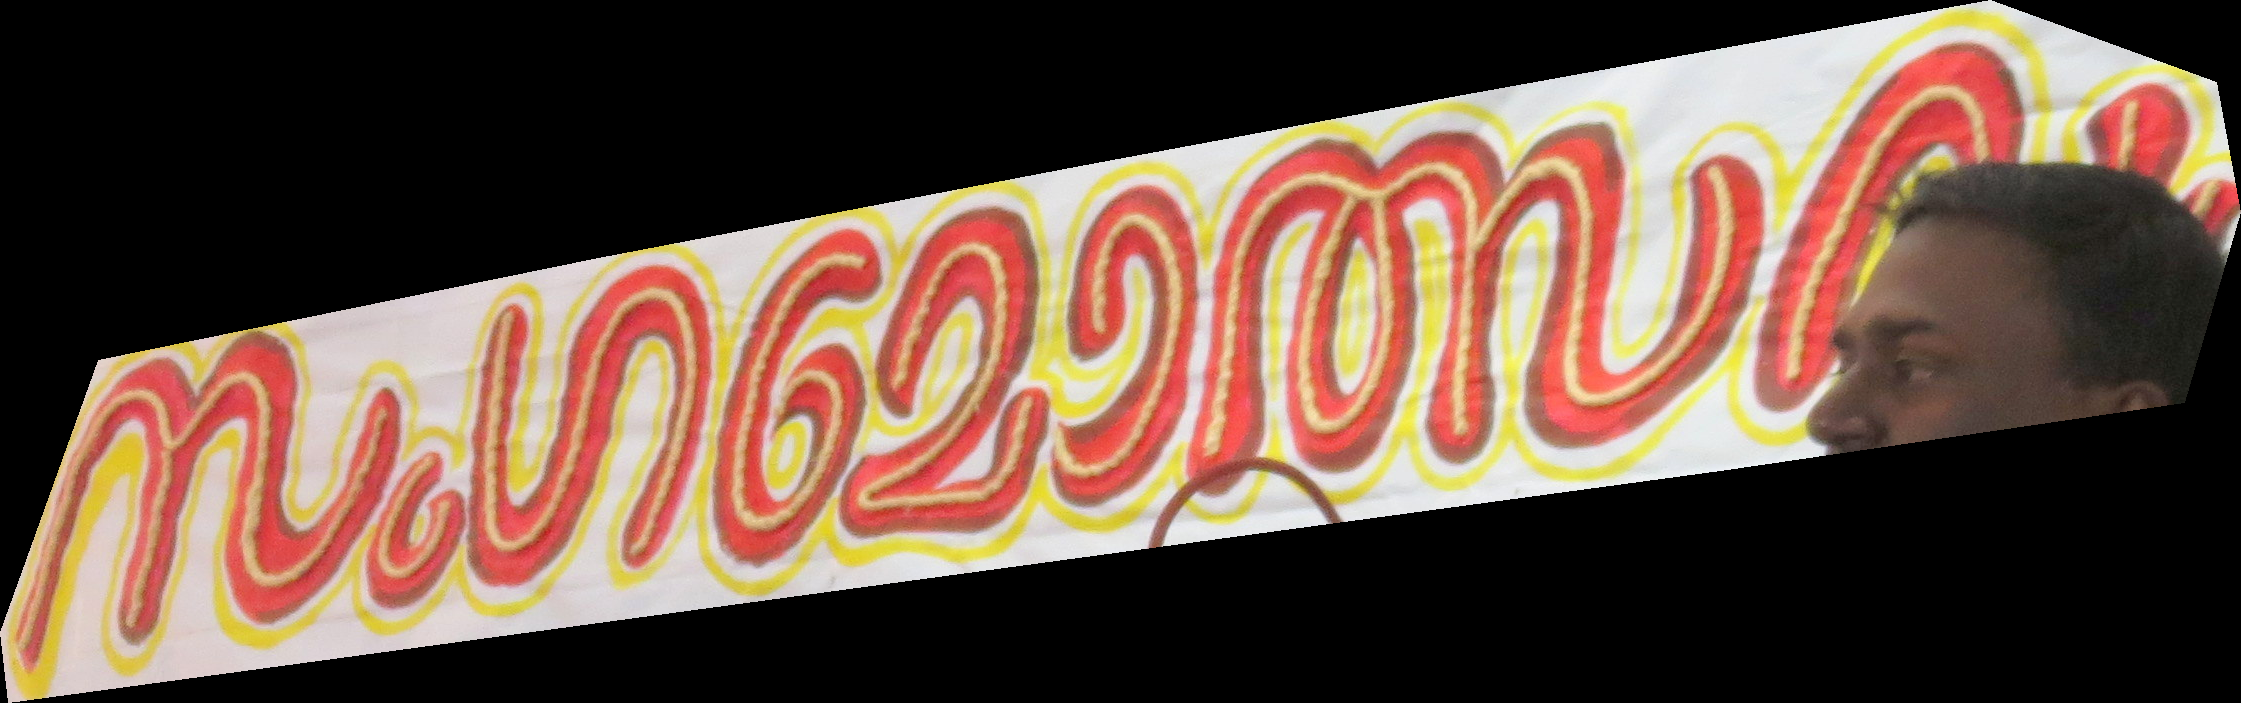
സംഗമോത്സ